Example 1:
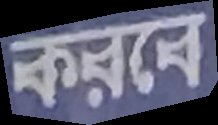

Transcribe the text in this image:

করবে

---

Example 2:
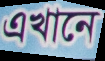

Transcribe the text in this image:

এখানে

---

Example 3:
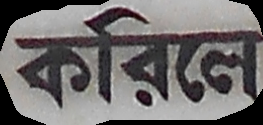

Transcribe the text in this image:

করিলে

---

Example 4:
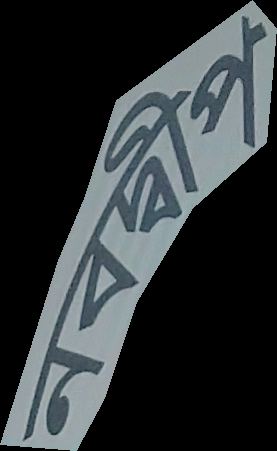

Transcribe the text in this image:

নবদ্বীপ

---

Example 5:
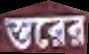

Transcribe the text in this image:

স্তরের